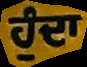
ਹੁੰਦਾ